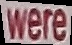
were